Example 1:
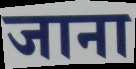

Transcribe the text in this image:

जाना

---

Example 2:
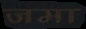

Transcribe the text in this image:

जमा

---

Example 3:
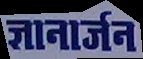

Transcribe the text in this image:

ज्ञानार्जन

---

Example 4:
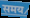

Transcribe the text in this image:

समय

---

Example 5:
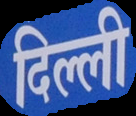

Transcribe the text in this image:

दिल्ली